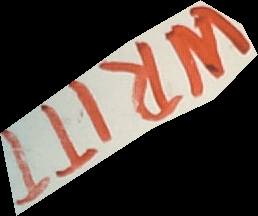
WRITT